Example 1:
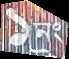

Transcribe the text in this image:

১নং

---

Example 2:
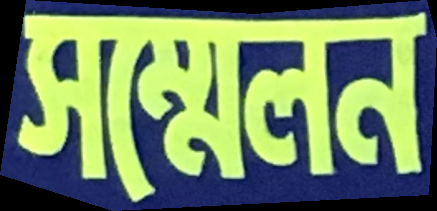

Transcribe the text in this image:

সম্মেলন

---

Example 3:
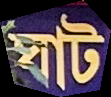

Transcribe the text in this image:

ঘাট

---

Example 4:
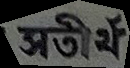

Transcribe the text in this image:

অতীর্য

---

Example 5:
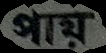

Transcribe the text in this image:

পায়